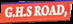
G.H.SROAD,